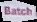
Batch